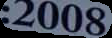
2008